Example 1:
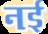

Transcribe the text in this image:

नई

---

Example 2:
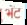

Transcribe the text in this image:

भेंट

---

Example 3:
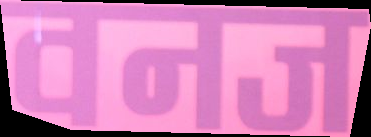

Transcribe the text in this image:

वनज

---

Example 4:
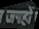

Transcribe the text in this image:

जगहों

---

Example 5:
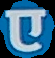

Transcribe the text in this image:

ए